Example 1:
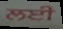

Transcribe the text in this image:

ਲਈਂ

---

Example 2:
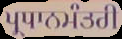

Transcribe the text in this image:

ਪ੍ਰਧਾਨਮੰਤਰੀ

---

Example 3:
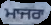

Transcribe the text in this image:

ਮਾਜਰਾ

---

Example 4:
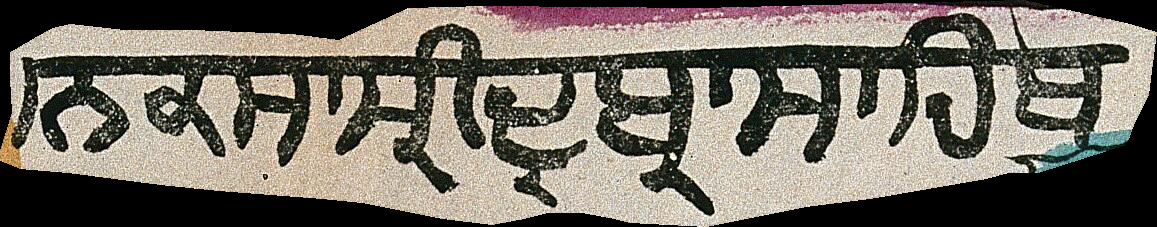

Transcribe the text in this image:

ਨਕਸਾਸੀ੍ਦ੍ਬ੍ਸਾਹਿਬ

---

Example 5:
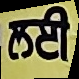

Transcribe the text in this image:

ਲਈ